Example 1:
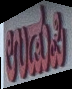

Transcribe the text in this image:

ಉಡುಪಿ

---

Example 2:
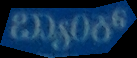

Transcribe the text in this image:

ಬ್ಯಾಂಕ್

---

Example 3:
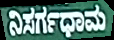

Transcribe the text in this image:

ನಿಸರ್ಗಧಾಮ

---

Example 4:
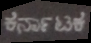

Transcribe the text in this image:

ಕರ್ನಾಟಕ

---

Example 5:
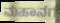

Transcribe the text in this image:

ಮಹಾನಗ